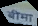
बीमा